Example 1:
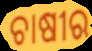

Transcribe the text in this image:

ଚାଷୀର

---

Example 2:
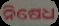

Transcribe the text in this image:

ନିଷେଧ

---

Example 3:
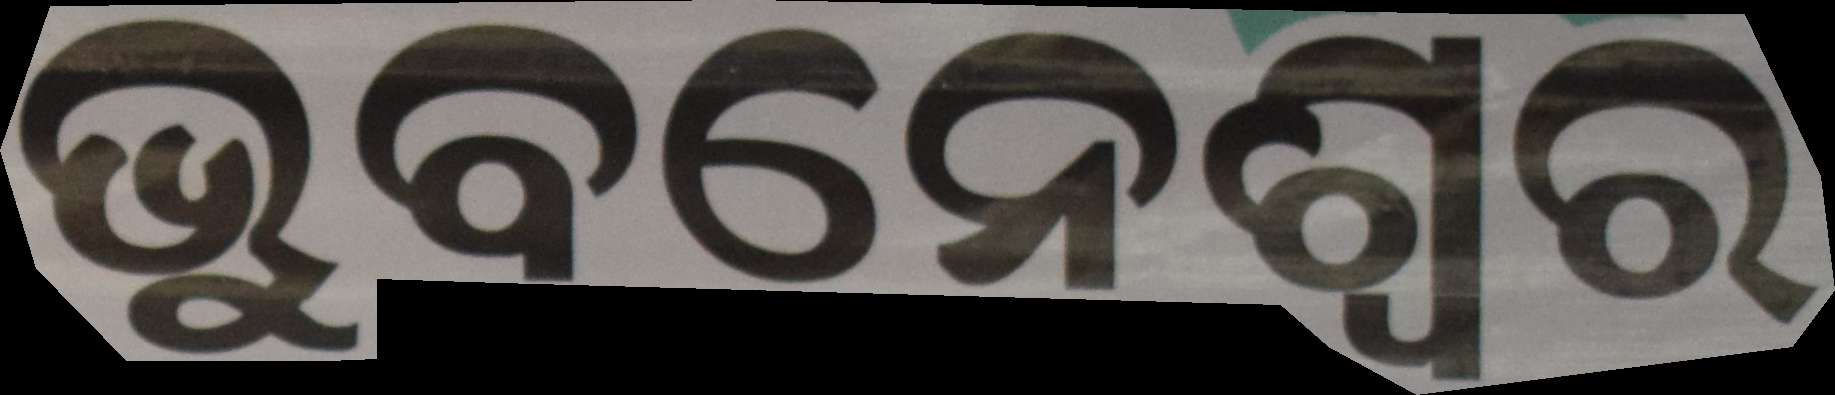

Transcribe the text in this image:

ଭୁବନେଶ୍ବର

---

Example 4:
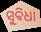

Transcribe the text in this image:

ସୁବିଧା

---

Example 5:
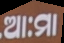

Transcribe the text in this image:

ଆ:ମା